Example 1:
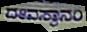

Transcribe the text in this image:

ದೇವಸ್ಥಾನಂ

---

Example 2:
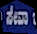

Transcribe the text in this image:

ಸೇವಾ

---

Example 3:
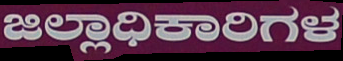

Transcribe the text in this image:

ಜಲ್ಲಾಧಿಕಾರಗಳ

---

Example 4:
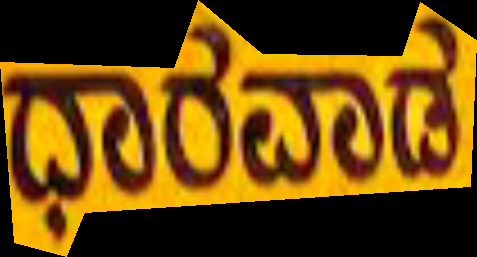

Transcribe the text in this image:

ಧಾರವಾಡ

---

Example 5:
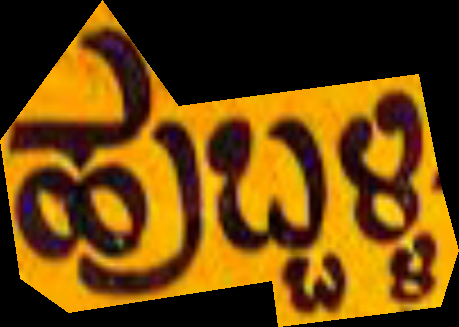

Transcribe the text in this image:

ಹುಬ್ಬಳ್ಳಿ